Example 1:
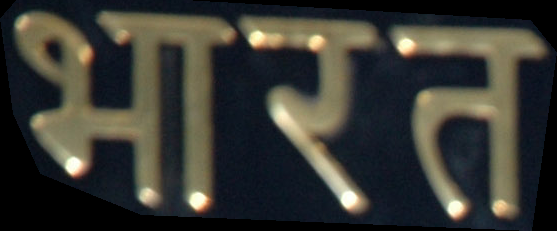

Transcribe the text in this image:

भारत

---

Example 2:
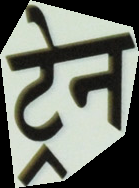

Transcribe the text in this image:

ट्रेन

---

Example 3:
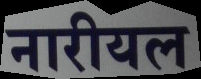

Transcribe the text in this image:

नारीयल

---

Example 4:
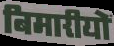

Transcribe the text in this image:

बिमारीयों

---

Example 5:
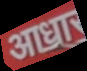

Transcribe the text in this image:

आधार